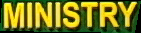
MINISTRY